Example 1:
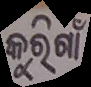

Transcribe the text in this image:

କୁରିଗାଁ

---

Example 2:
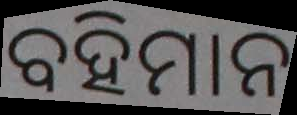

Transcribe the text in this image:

ବ‌ହିମାନ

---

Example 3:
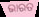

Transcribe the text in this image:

ଭାରତ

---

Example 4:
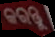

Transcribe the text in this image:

କରନ୍ତୁ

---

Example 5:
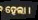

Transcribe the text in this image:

ହେଲା।